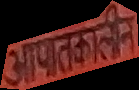
आपातकालीन